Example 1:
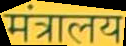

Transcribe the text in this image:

मंत्रालय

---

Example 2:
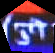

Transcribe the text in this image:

पुणे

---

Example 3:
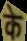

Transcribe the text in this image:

केे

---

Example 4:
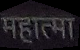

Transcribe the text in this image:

महात्मा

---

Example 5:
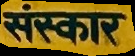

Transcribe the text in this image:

संस्कार